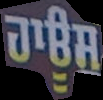
ਹਾਊਸ